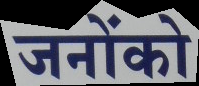
जनोंको